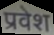
प्रवेश